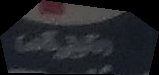
ఎక్స్ప్రెస్